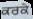
ਕਰਕੇ